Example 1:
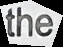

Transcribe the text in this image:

the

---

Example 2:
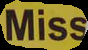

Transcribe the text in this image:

Miss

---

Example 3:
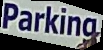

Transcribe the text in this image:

Parking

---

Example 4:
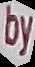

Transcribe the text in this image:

by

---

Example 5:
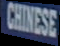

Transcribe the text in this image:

CHINESE